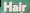
Hair